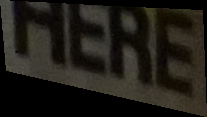
HERE